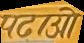
पढ़ाओ